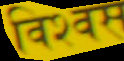
विश्‍वस